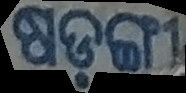
ଷଡ଼ଙ୍ଗୀ